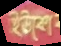
ইউকো